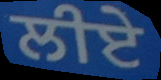
ਲੀਏ